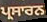
ਪ੍ਰਸਾਰਨ